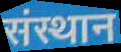
संस्थान